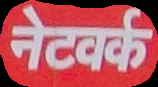
नेटवर्क